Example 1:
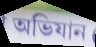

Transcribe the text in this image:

অভিযান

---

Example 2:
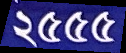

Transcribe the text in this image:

২৫৫৫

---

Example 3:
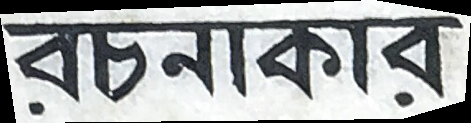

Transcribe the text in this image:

রচনাকার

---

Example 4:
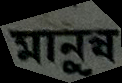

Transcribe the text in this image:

মানুষ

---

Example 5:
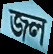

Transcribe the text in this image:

জল